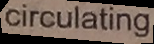
circulating